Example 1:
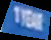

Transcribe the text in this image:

TYEAR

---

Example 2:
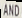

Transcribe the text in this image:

AND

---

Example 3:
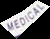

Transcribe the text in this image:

MEDICAL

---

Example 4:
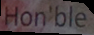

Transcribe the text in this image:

Hon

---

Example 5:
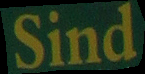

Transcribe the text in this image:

Sind